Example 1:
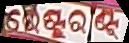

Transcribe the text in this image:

ଭେଷ୍ଟର ଣ୍ଟ୍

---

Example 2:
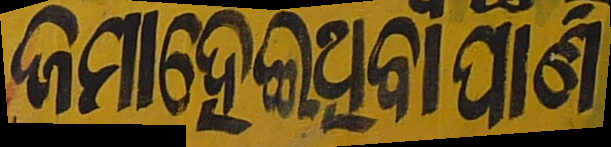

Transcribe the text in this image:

ଜମାହେଇଥ‌ବା ପାଣି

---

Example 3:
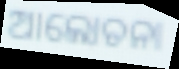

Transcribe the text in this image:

ଆଲୋଚନା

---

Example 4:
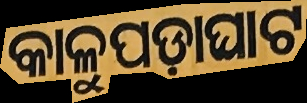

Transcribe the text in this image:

କାଳୁପଡ଼ାଘାଟ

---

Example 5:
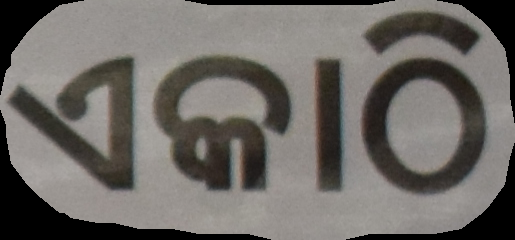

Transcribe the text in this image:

ଏକାଠି